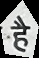
है